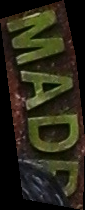
MADE